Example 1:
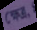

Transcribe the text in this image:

ক্ষেত্র,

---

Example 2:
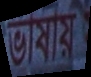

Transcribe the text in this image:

ভাষায়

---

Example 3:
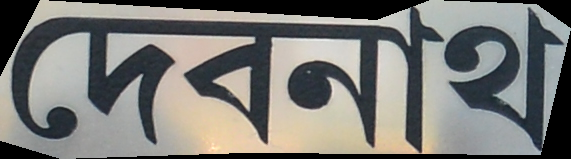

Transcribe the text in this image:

দেবনাথ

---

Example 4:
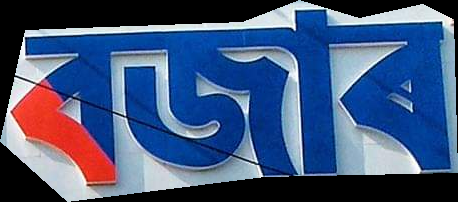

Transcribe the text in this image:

বজাৰ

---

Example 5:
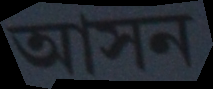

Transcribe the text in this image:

আসন